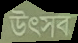
উৎসব